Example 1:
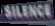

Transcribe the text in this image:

SILENCE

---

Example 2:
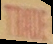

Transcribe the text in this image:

TRADE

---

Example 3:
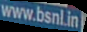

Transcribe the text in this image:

www.bsnl.in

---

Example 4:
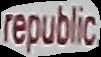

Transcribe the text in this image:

republic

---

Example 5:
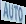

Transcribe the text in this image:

AUTO